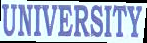
UNIVERSITY